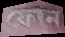
ফোন